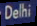
Delhi